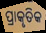
ପ୍ରାକୃତିକ